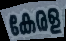
കേരള